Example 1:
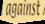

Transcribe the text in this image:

against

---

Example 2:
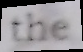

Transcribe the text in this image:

the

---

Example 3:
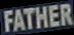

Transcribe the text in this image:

FATHER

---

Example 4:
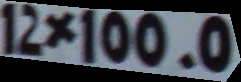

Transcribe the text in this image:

12x100.0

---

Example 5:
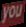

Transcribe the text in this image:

you